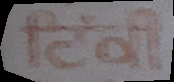
ਟਿੱਕੀ